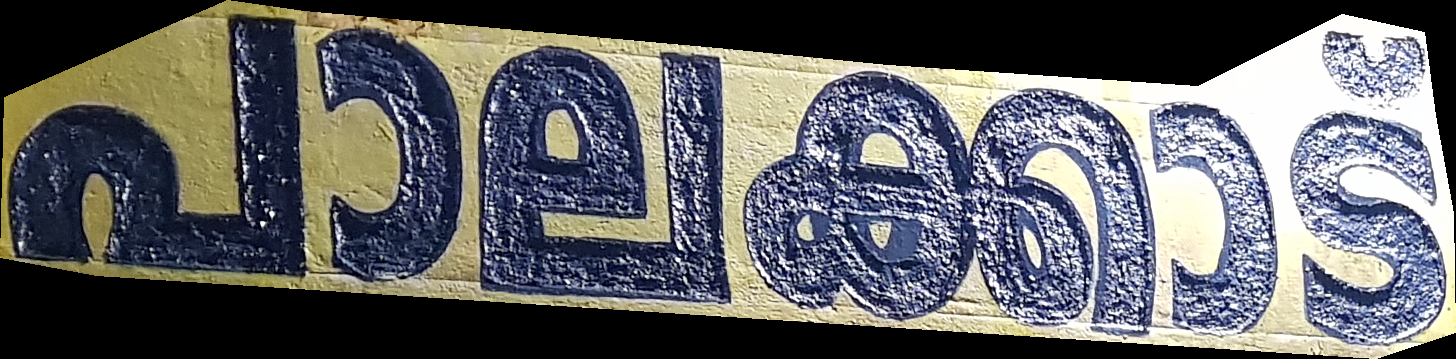
പാലക്കാട്